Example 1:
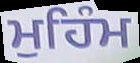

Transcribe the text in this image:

ਮੁਹਿੰਮ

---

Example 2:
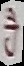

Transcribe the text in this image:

ਹੈ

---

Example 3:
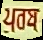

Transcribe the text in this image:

ਪੁਰਬ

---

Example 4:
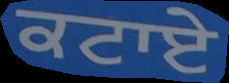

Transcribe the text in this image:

ਕਟਾਏ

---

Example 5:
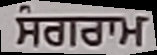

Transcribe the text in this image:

ਸੰਗਰਾਮ